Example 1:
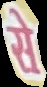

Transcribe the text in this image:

सेे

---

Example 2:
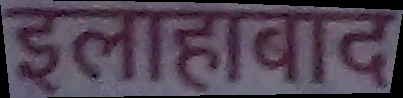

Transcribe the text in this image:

इलाहाबाद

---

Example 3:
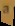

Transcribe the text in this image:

व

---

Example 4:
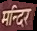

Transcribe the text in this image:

मन्दिर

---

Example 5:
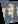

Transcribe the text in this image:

में।